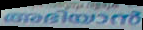
അദിയാൻ